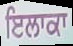
ਇਲਾਕਾ